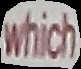
which